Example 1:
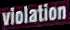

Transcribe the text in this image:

violation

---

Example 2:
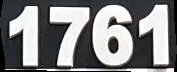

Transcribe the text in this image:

1761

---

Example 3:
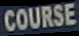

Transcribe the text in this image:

COURSE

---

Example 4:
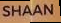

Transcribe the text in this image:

SHAAN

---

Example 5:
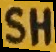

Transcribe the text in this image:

SH